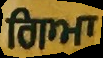
ਗਿਆ